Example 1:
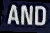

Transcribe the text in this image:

AND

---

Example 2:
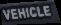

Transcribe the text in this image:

VEHICLE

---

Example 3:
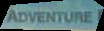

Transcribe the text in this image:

ADVENTURE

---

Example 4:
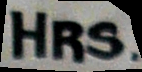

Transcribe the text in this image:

HRS.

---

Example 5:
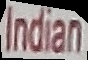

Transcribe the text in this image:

Indian